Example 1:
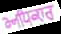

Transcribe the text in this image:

ਅਧਿਕਾਰ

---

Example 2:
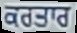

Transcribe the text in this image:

ਕਰਤਾਰ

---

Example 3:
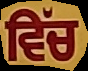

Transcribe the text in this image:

ਵਿੱਚ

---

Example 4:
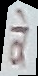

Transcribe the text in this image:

ਕੇ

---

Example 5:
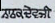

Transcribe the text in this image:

ਨਾਨਕਦੇਵਜੀ